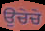
ਉਚੇਚੇ